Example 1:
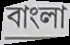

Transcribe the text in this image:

বাংলা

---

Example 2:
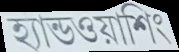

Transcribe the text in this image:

হ্যান্ডওয়াশিং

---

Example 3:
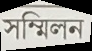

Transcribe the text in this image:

সম্মিলন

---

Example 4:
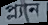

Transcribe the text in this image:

প্ল্যান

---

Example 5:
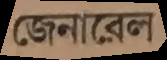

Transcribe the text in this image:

জেনারেল